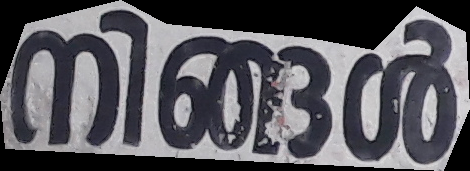
നിങ്ങൾ